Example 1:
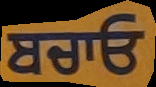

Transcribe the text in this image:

ਬਚਾਓ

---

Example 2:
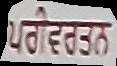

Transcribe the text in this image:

ਪਰੀਵਰਤਨ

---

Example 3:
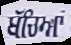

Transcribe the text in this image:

ਬੱਹਿਆਂ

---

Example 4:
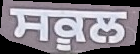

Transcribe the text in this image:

ਸਕੂਲ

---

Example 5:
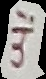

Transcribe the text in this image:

ਤੋਂ